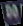
DO